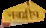
नबद्वीप